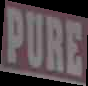
PURE